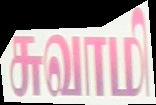
சுவாமி